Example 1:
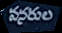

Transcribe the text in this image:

వనరుల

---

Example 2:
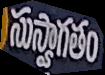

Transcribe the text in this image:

సుస్వాగతం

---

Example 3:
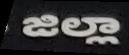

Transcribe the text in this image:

జల్లా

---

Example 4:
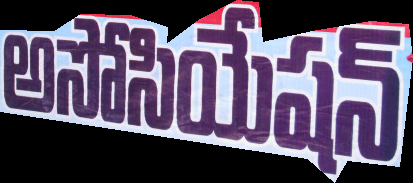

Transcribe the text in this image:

అసోసియేషన్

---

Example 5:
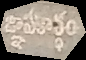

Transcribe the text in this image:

జ్ఞాపకార్థం